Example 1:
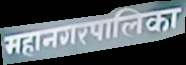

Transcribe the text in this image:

महानगरपालिका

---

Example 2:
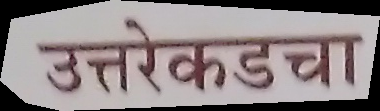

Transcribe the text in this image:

उत्तरेकडचा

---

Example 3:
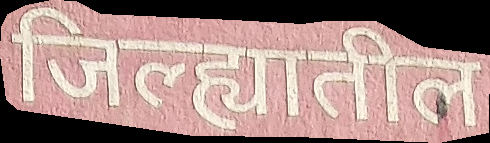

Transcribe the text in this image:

जिल्ह्यातील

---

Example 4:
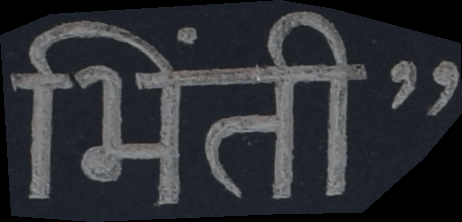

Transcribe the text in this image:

भिंती”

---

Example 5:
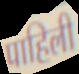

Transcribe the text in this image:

पाहिली